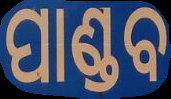
ପାଣ୍ଡବ